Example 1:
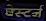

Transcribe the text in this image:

वेस्टर्न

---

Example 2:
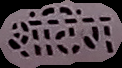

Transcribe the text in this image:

शंटिग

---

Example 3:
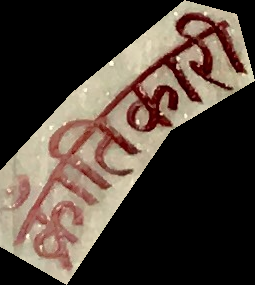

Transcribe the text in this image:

क्रांतिकारी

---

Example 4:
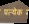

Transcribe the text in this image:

प्रत्येक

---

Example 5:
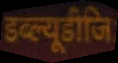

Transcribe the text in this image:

डब्ल्यूडीजि